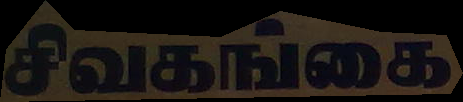
சிவகங்கை